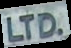
LTD.